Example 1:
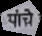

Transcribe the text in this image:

यांचे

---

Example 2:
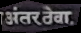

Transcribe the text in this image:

अंतर ठेवा.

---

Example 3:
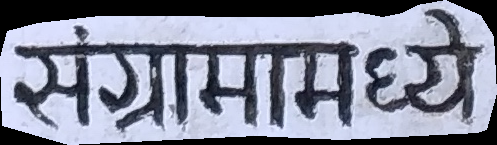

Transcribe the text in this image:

संग्रामामध्ये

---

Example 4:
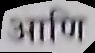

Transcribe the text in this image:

आणि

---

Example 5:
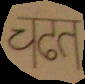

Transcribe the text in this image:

चढत